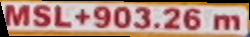
MSL+903.26m